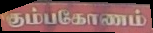
தம்பகோணம்